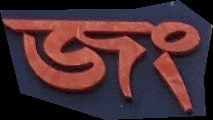
জং